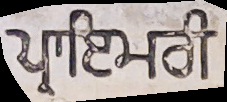
ਪ੍ਰਾਇਮਰੀ